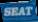
SEAT